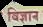
विज्ञान